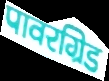
पावरग्रिड